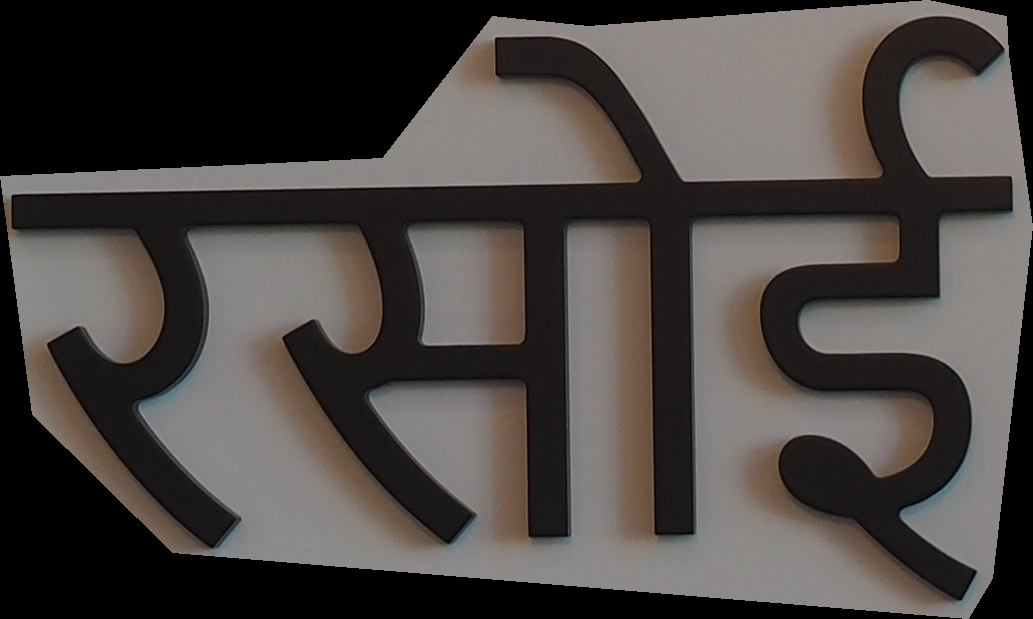
रसोई